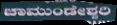
ಚಾಮುಂಡೇಶ್ವರಿ